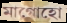
মাগোহো